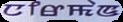
ꯅꯤꯔꯃꯥꯟ